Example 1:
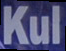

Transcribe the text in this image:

Kul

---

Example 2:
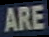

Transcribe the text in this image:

ARE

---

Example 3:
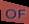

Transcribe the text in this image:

OF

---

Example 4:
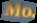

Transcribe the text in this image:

Mo.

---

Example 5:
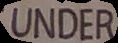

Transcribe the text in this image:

UNDER